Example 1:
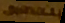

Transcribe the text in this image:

அமைப்பு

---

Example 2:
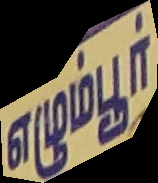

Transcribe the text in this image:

எழும்பூா்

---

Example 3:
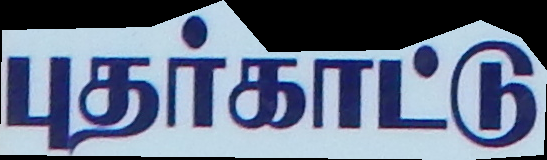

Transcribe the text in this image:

புதா்காட்டு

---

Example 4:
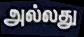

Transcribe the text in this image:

அல்லது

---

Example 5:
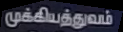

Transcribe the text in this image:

முக்கியத்துவம்